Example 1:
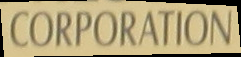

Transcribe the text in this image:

CORPORATION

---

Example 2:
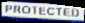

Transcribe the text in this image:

PROTECTED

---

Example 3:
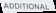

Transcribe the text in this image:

ADDITIONAL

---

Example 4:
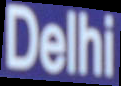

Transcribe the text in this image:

Delhi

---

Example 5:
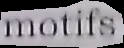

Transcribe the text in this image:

motifs